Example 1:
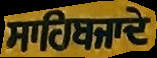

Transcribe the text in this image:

ਸਾਹਿਬਜਾਦੇ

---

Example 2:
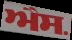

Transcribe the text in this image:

ਐਸ.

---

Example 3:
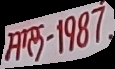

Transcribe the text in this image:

ਸਾਲ-1987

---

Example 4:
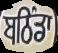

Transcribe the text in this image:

ਬਠਿੰਡਾ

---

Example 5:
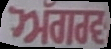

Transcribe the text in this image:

ਅੱਗਹਵ